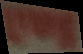
एण्ड